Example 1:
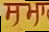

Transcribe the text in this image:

ਸਮਾ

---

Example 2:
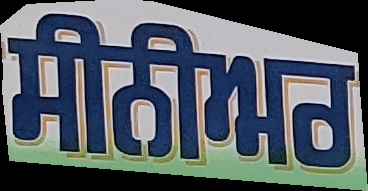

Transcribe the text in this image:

ਸੀਨੀਅਰ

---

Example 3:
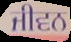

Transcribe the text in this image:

ਜੀਵਨ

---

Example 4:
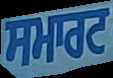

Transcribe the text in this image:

ਸਮਾਰਟ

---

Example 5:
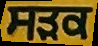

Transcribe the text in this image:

ਸੜਕ